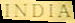
INDIA